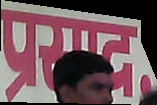
प्रसाद.